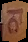
ਨਾ